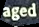
aged